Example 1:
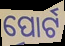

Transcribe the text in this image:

ପୋର୍ଟ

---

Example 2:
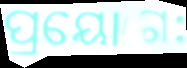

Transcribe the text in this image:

ପ୍ରୟୋ ଗ:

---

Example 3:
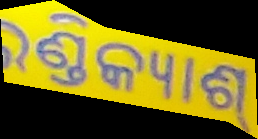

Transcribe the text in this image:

ଣ୍ତିକ୍ଯାଣ୍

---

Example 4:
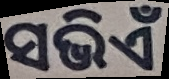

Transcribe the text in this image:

ସଭିଏଁ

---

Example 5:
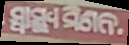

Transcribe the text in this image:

ସ୍ଵାସ୍ଥ୍ୟ ମିଣନ.